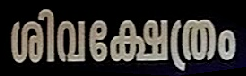
ശിവക്ഷേത്രം